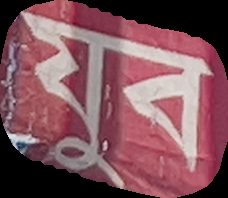
যুব